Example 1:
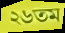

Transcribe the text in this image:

২৬তম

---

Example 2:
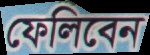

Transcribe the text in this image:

ফেলিবেন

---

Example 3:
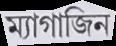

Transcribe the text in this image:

ম্যাগাজিন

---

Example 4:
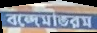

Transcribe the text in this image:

বন্দেমাতরম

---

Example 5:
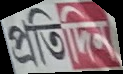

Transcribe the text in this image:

প্রতিদিন